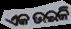
ଏକ ଉଇକି